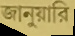
জানুয়ারি